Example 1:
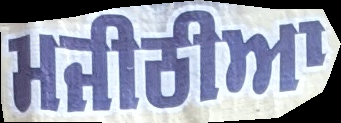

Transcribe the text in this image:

ਮਜੀਠੀਆ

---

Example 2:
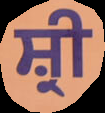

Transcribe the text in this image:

ਸ਼੍ਰੀ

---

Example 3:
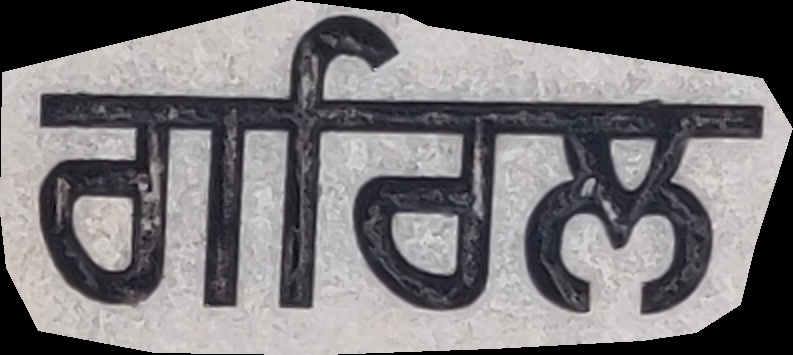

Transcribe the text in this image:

ਗਰਿਲ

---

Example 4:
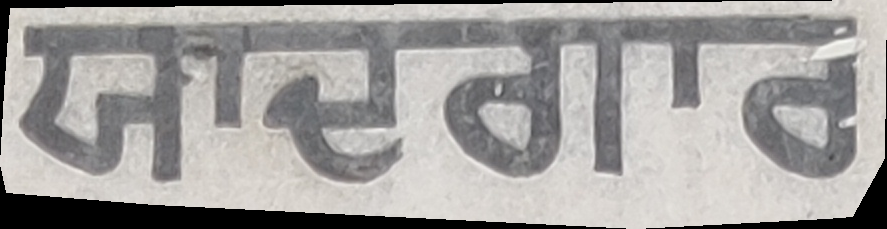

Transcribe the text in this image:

ਯਾਦਗਾਰ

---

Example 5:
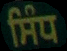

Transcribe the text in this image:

ਸਿੰਧ